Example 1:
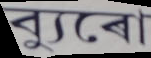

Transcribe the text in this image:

ব্যুৰো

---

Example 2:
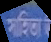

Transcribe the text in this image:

সাহিত্য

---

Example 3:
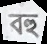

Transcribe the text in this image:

বহু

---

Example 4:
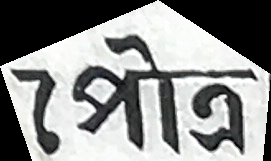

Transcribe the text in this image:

পৌত্র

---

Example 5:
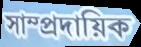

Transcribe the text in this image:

সাম্প্রদায়িক